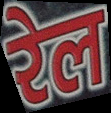
रेल